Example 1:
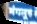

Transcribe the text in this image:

मंगमूह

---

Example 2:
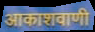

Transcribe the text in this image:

आकाशवाणी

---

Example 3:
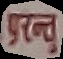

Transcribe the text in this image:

परन्तु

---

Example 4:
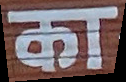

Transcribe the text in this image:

का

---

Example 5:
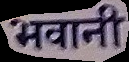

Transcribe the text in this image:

भवानी